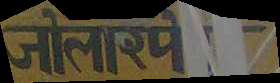
जोलारपे